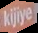
kijiye